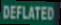
DEFLATED